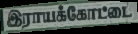
இராயக்கோட்டை